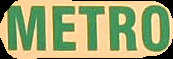
METRO